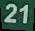
21